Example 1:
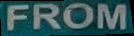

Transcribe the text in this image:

FROM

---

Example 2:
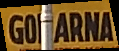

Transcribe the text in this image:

GOKARNA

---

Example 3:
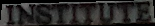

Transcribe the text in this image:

INSTITUTE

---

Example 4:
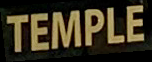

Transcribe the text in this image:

TEMPLE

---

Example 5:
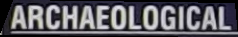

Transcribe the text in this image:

ARCHAEOLOGICAL